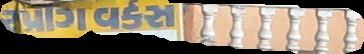
પ્રાગ વર્કસ